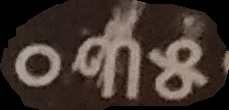
୦୩୫